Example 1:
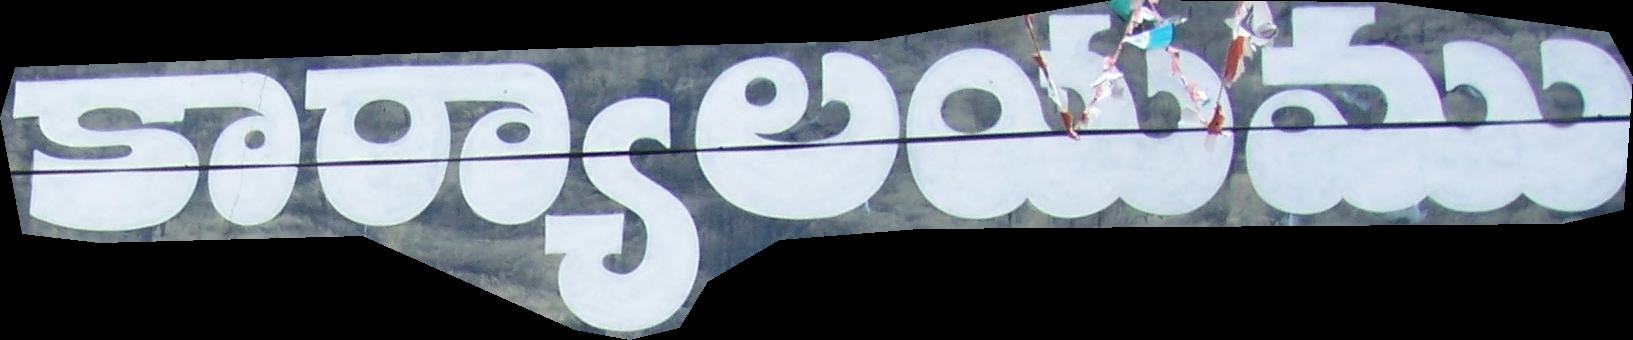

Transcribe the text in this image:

కార్యాలయము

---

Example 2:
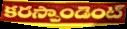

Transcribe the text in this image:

కరస్పాండెంట్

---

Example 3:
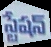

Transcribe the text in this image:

స్టేషన్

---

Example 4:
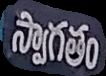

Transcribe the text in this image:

స్వాగతం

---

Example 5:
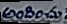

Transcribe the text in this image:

అందించు.